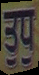
ਤੁਧੁ